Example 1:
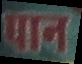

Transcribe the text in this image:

पान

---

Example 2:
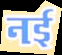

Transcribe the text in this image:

नई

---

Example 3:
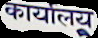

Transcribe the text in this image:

कार्यालय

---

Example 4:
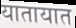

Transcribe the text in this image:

यातायात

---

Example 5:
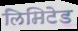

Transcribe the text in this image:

लिमिटेड